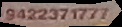
9422371777